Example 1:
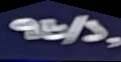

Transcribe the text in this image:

৭৬/১,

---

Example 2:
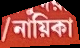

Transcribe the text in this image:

/নায়িকা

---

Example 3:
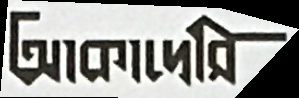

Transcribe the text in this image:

আমোদেরি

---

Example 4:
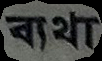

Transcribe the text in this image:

ব্যথা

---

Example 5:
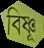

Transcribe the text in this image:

বিষ্ণু